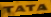
TATA